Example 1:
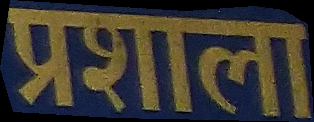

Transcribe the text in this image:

प्रशाला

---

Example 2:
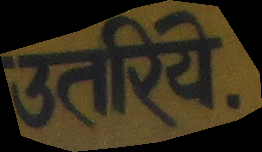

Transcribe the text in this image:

उतरिये.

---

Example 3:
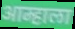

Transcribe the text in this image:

आम्हाला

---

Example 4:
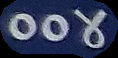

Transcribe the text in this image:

००४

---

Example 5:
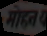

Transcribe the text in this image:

मोहन य